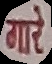
गारे